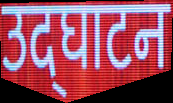
उद्‌घाटन